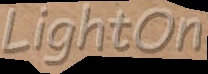
LightOn